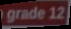
grade12